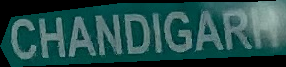
CHANDIGARH